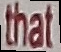
that